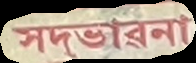
সদভাৱনা